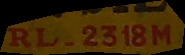
RL.2318M